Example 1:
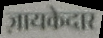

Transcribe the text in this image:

ज़ायकेदार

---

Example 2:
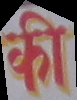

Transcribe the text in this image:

की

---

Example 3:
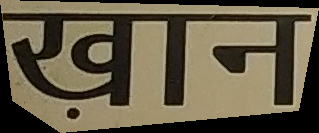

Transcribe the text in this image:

ख़ान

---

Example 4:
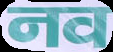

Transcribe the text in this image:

नव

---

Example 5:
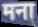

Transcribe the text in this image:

मना